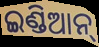
ଇଣ୍ଡିଆନ୍